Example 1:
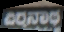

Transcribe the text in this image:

ಎರನಾಥ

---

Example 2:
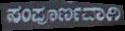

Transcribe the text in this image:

ಸಂಪೂರ್ಣವಾಗಿ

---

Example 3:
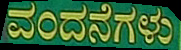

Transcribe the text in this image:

ವಂದನೆಗಳು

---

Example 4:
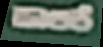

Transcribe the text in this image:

ಹಾಲರ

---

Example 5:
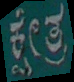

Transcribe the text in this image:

ಕ್ಷೇತ್ರ